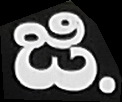
జి.